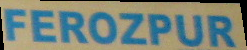
FEROZPUR